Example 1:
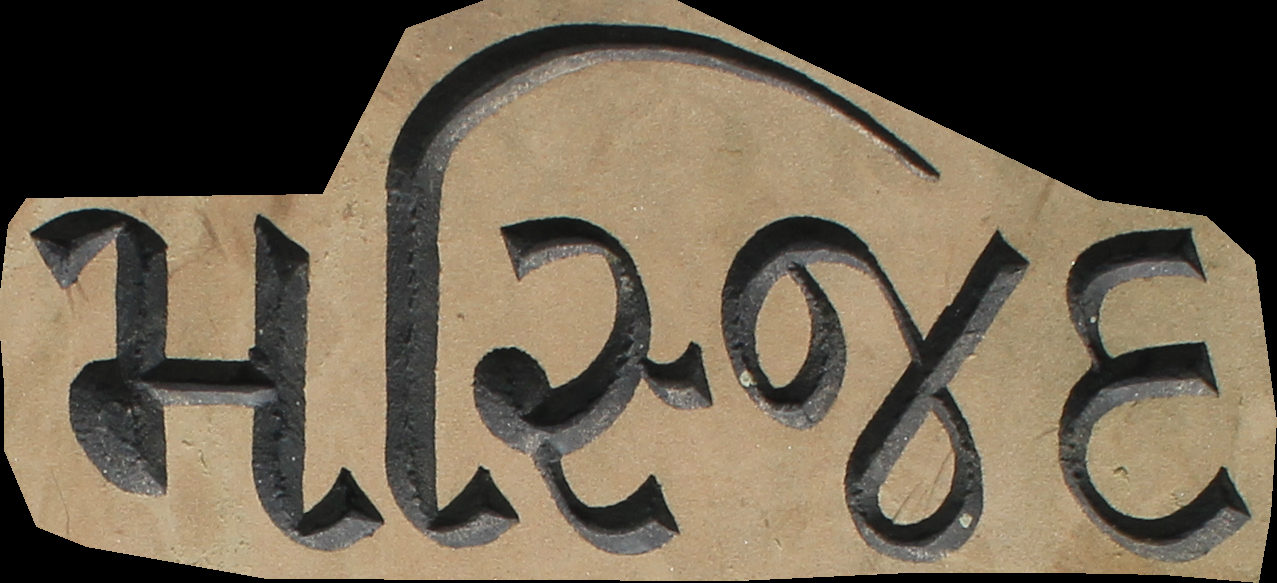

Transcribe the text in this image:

મસ્જિદ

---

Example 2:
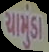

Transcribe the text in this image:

ચામુંડા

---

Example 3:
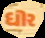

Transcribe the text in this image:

ધીર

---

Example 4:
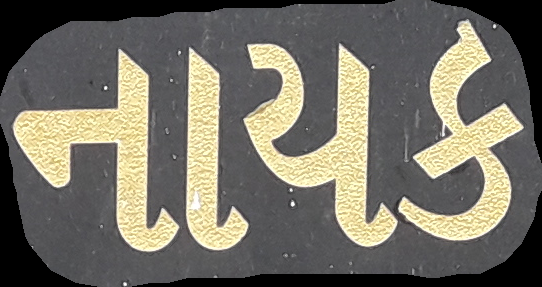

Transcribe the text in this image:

નાયક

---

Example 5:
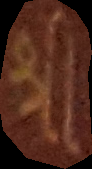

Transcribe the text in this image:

શ્રી